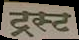
ट्रस्ट